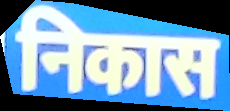
निकास